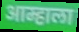
आम्हाला